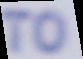
TO